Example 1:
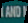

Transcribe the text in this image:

AND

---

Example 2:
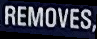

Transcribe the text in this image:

REMOVES,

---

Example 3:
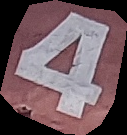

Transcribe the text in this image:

4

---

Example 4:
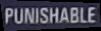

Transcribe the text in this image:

PUNISHABLE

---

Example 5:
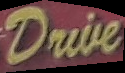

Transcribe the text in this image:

Drive